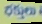
భక్తులు